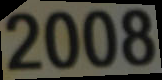
2008